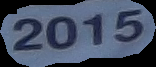
2015